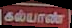
கல்யாண்